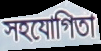
সহযোগিতা